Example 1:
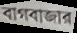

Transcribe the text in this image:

বাগবাজার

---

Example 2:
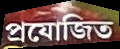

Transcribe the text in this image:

প্রযোজিত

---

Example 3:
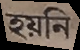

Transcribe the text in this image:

হয়নি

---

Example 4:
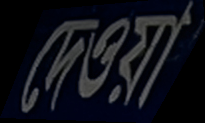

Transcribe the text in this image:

দেওয়া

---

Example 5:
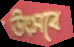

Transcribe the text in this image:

ডিসেবে